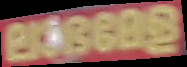
ലാഭമേള